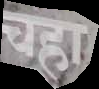
चहा